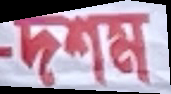
-দশম